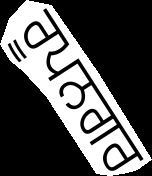
ਰੂਪਨਗਰ